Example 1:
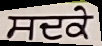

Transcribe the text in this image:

ਸਦਕੇ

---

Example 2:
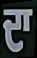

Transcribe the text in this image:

ਦਾ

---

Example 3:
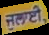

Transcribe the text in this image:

ਜੁਲਾਈ,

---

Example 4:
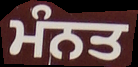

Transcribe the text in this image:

ਮੰਨਤ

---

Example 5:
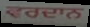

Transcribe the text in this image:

ਵਰਦਾਨ